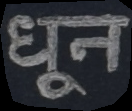
धून